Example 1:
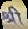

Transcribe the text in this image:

श्री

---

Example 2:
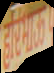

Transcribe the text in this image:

हरिभाऊ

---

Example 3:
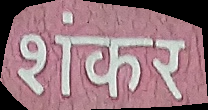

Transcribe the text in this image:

शंकर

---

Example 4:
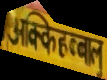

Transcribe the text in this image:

अक्किहब्बालु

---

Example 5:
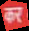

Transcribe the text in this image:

कर